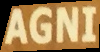
AGNI